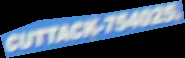
CUTTACK-754025,